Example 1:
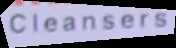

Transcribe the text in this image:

Cleansers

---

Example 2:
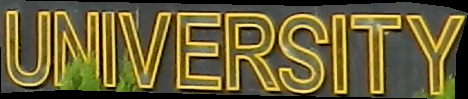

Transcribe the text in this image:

UNIVERSITY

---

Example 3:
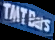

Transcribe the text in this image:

TMYBars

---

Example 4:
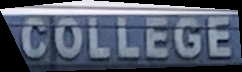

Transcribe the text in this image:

COLLEGE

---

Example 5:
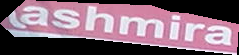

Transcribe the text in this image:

ashmira